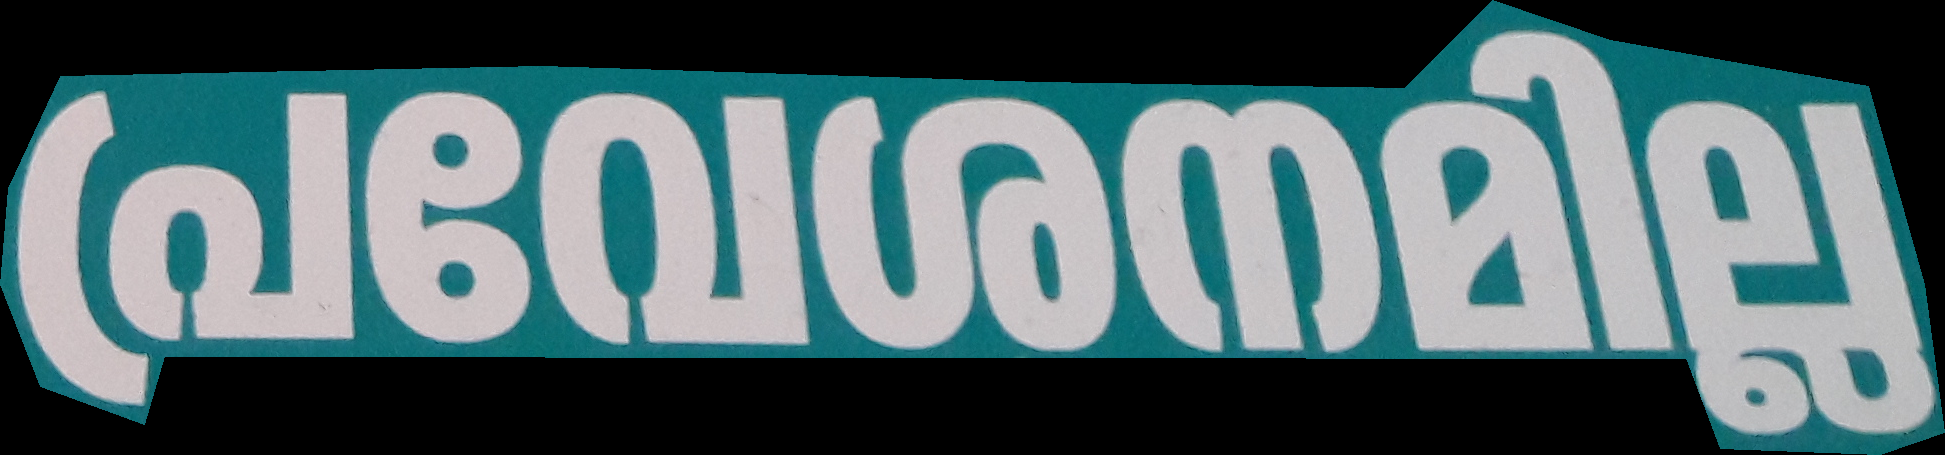
പ്രവേശനമില്ല